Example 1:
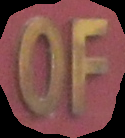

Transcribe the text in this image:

OF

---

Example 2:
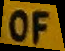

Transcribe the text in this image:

OF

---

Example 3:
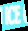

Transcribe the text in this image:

ICE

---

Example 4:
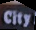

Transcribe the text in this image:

City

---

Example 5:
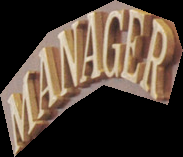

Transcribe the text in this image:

MANAGER